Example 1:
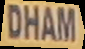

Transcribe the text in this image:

DHAM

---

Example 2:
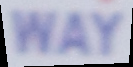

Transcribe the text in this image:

WAY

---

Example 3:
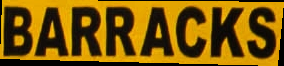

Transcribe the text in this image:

BARRACKS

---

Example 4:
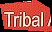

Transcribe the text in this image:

Tribal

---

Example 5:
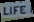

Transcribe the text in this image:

LIFE